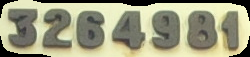
3264981